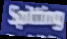
Spitting